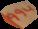
994